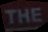
THE